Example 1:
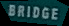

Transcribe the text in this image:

BRIDGE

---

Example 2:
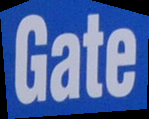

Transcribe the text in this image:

Gate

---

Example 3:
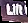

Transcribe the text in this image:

LIR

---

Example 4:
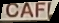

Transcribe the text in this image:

CAF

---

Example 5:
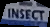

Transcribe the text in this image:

INSECT